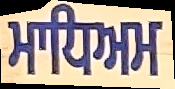
ਮਾਧਿਅਮ